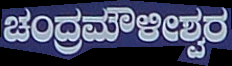
ಚಂದ್ರಮೌಳೀಶ್ವರ